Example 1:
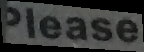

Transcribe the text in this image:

Please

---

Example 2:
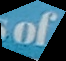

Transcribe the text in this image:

of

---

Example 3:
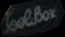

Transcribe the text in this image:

tool box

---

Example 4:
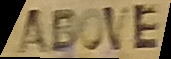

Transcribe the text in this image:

ABOVE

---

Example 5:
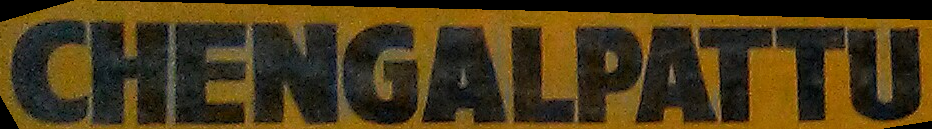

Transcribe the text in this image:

CHENGALPATTU